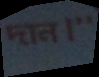
দান।"